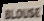
BLOUSE